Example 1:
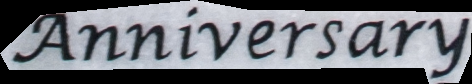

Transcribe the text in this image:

Anniversary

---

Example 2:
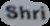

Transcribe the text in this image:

Shri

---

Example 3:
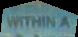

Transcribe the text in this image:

WITHINA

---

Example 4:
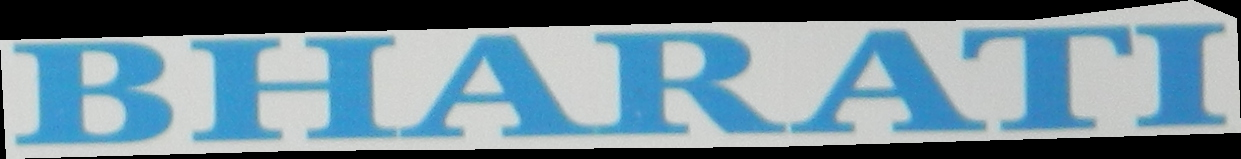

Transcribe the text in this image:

BHARATI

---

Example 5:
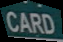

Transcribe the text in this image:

CARD